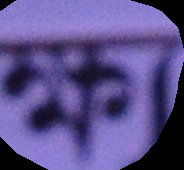
ক্ষ্য